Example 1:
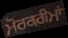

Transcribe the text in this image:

ਮੋਰਕਰੀਮਾਂ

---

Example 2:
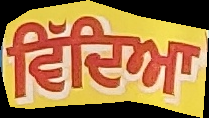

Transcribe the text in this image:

ਵਿੱਦਿਆ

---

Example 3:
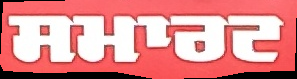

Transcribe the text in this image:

ਸਮਾਰਟ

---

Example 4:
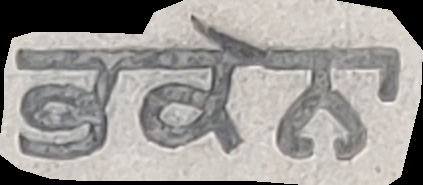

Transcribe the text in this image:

ਭਕेਨਾ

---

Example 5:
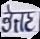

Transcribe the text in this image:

ਭੇਜਣ